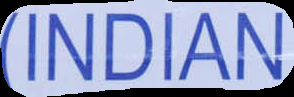
INDIAN